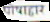
पोषाहार